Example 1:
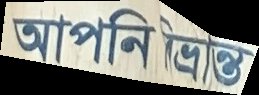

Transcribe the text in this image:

আপনি ভ্রান্ত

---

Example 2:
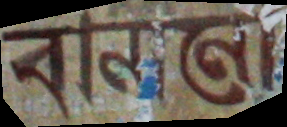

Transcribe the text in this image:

বানানো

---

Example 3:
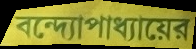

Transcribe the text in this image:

বন্দ্যোপাধ্যায়ের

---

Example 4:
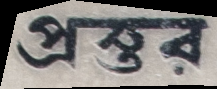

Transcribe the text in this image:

প্রস্তর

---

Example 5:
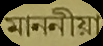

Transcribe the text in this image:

মাননীয়া